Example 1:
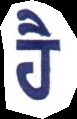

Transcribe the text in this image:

ਹੈ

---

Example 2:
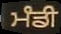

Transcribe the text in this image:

ਮੰਡੀ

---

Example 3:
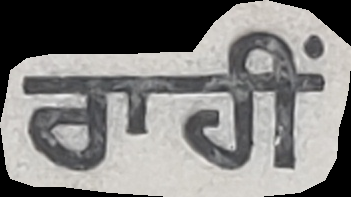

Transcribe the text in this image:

ਰਾਹੀਂ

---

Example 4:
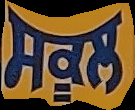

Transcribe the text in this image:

ਸਕੂਲ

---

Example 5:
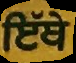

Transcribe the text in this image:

ਇੱਥੇ